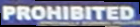
PROHIBITED